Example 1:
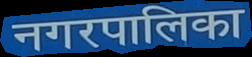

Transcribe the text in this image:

नगरपालिका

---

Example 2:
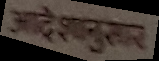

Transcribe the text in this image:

आदेशानुसार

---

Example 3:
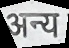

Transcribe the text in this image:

अन्य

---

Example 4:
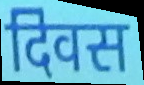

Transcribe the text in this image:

दिवस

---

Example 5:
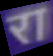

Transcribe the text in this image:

रा